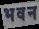
भवन